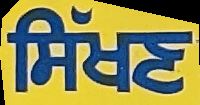
ਸਿੱਖਣ